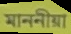
মাননীয়া